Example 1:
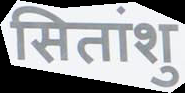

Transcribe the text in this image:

सितांशु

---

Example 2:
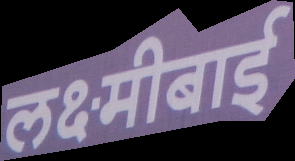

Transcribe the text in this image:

लक्ष्मीबाई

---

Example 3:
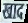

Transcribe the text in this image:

खाद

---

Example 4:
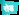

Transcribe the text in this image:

रोड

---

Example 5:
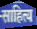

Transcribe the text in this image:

साहित्य